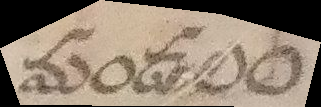
మండలం